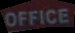
OFFICE